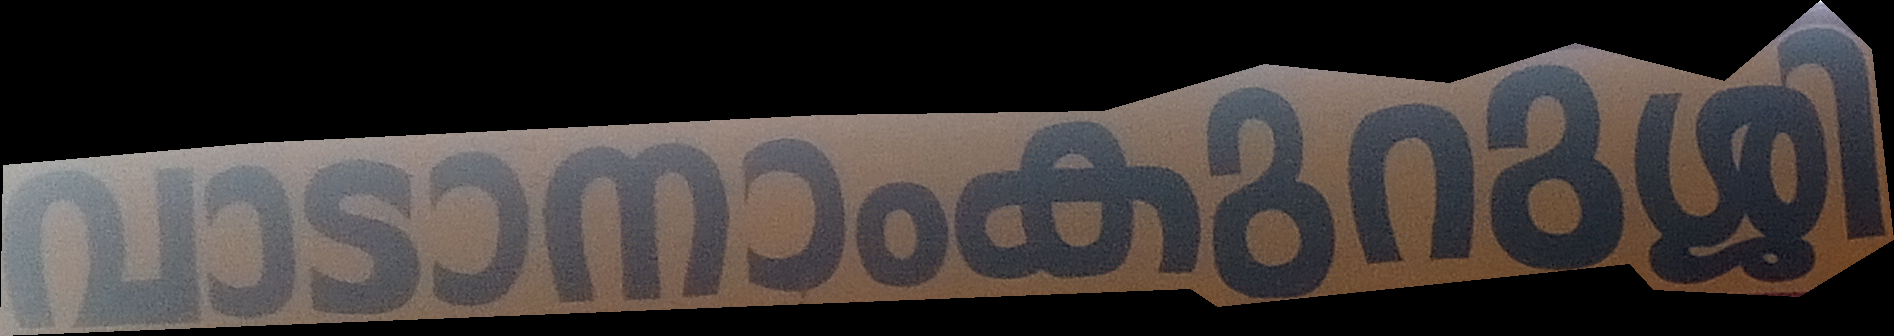
വാടാനാംകുറുദ്ശി